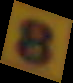
8